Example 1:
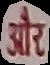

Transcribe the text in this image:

और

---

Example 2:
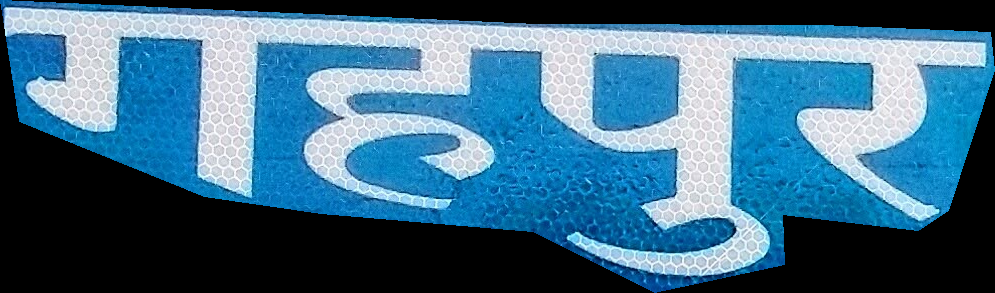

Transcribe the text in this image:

गहपुर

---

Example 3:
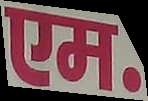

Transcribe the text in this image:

एम.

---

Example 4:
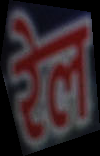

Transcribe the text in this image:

रेल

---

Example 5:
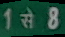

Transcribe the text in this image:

1 से 8